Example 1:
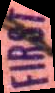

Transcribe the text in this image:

FIRST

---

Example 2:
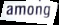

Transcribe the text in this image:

among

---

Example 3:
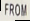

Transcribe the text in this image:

FROM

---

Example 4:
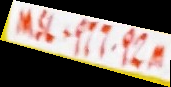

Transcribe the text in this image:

MSL-977-92M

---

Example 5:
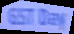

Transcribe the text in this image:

GST DAY